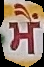
ਮੈਂ